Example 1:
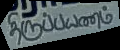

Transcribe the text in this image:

இளுப்பயணம்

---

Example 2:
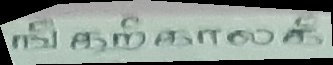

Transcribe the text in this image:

இதற்காலகி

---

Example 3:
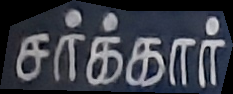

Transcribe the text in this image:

சா்க்காா்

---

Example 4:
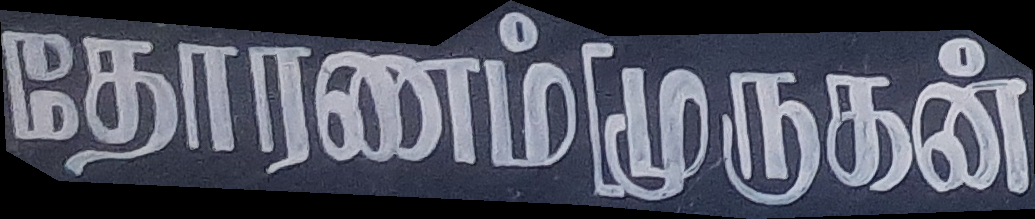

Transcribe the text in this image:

தோரணம் [முருகன்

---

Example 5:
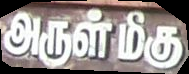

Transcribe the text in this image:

அருள்மீகு